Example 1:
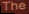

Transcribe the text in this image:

The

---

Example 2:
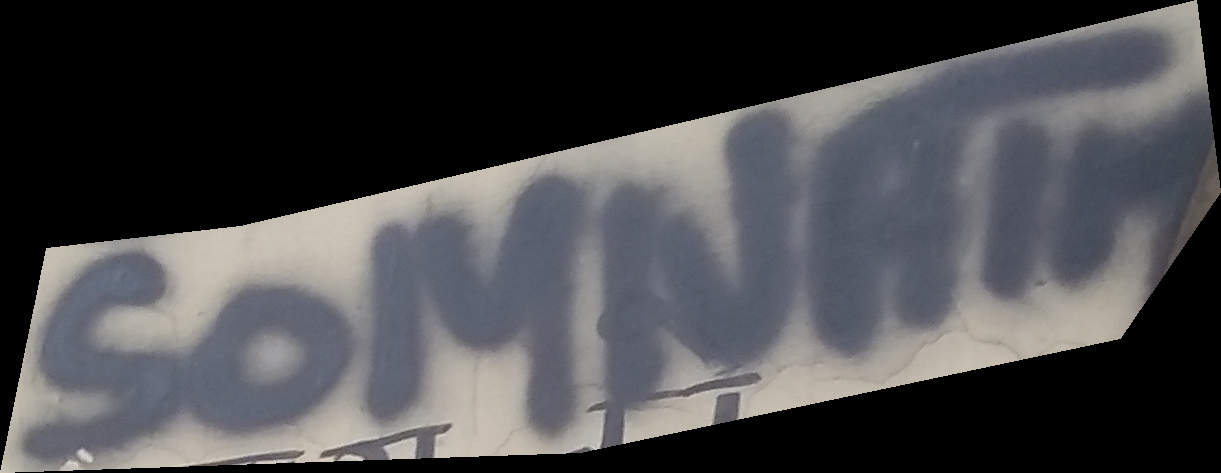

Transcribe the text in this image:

SOMNATM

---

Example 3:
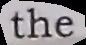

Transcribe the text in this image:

the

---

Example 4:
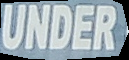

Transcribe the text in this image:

UNDER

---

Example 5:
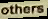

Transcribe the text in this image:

others